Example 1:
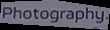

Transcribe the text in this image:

Photography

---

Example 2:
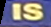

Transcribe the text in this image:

IS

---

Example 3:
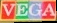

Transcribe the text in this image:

VEGA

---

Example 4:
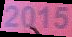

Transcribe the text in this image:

2015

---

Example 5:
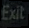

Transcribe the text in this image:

Exit